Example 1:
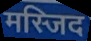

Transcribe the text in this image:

मस्जिद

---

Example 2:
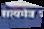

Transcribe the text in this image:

सत्यमेव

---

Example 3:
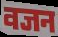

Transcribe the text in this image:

वजन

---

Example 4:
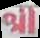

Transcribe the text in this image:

श्री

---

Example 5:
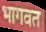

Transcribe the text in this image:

भागवत